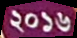
২০১৬